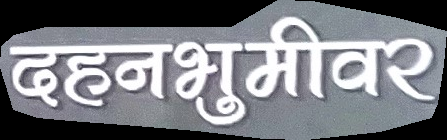
दहनभुमीव२